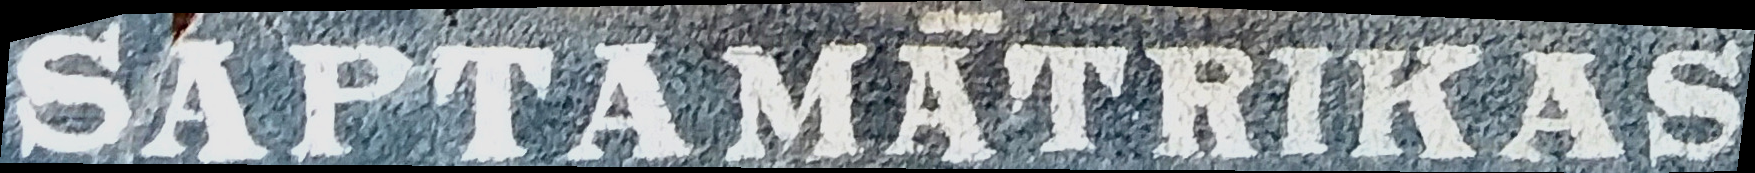
SAPTAMATRIKAS